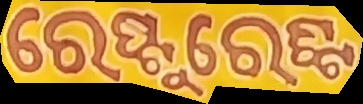
ରେଷ୍ଟୁରେଷ୍ଟ